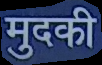
मुदकी